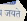
जयते